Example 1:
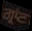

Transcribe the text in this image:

ਗ੍ਈ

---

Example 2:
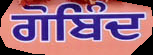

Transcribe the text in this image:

ਗੋਬਿੰਦ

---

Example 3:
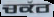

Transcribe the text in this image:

ਚਕੱਰ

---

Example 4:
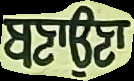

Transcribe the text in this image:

ਬਣਾਉਣਾ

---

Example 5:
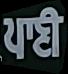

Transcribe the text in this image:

ਪਾਣੀ